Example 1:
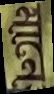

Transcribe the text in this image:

মানে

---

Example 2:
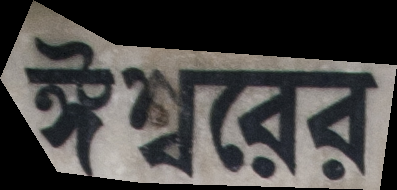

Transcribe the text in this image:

ঈশ্বরের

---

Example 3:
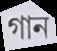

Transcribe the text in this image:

গান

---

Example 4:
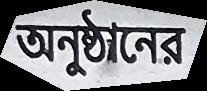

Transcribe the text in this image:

অনুষ্ঠানের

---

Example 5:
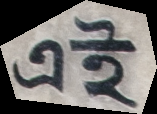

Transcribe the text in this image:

এই